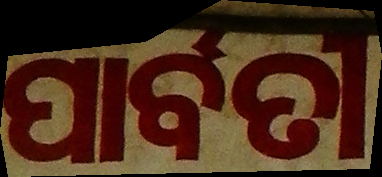
ପାର୍ବତୀ